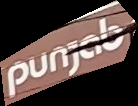
punjob